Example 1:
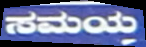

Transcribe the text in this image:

ಸಮಯ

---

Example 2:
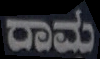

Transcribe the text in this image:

ರಾಮ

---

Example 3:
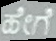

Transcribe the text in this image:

ಹೇಗ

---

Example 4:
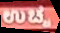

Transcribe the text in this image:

ಉಚ್ಚ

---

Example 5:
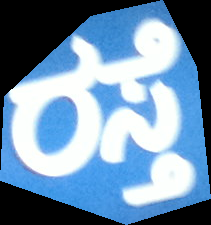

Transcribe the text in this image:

ರಸ್ತ